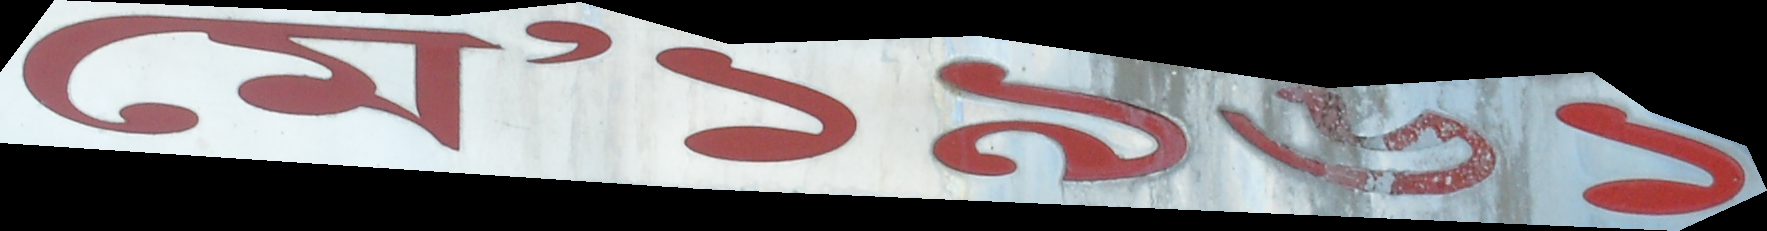
মে'১৯৬১